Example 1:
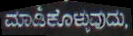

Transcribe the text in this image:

ಮಾಡಿಕೊಳ್ಳುವುದು,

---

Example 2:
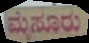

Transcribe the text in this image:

ಮೈಸೂರು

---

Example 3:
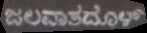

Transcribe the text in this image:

ಜಲವಾತದೊಳ್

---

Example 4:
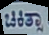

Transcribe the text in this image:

ಚಕಿತ್ಸ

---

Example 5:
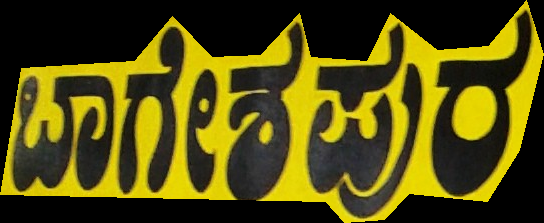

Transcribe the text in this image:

ಬಾಗೇಶಪುರ